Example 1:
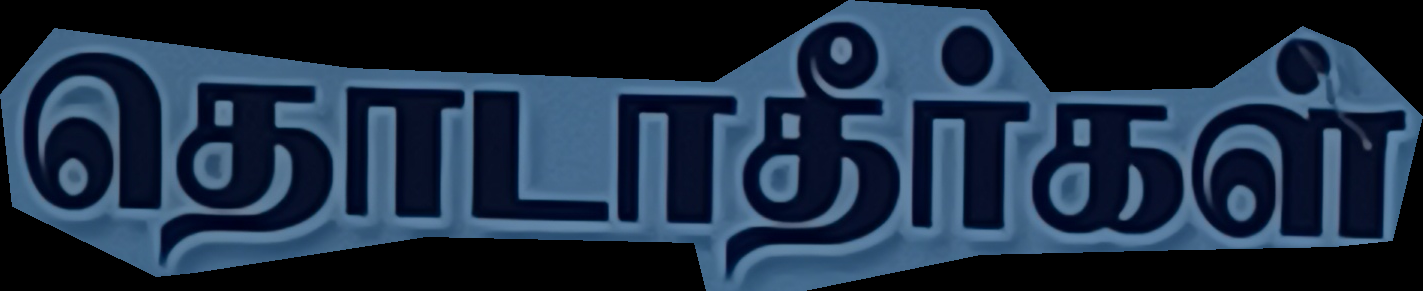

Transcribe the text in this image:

தொடாதீா்கள்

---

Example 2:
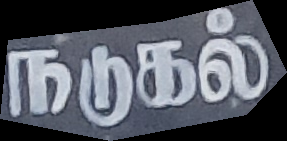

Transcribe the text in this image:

நடுகல்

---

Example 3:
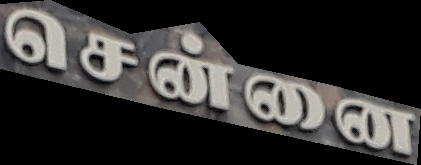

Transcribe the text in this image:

சென்னை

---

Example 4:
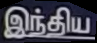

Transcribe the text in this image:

இந்திய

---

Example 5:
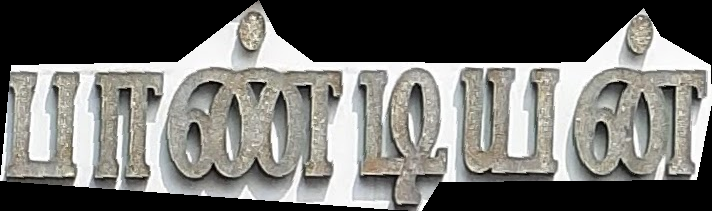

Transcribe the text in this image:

பாண்டியன்